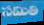
సమితి